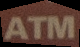
ATM